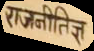
राजनीतिज्ञ